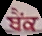
ਬੈਂਕ